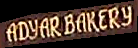
ADYARBAKERY